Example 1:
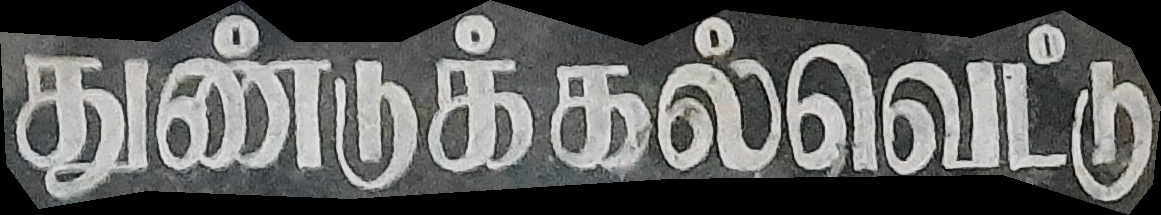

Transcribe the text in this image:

துண்டுக்கல்வெட்டு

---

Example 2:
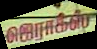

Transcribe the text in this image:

ஜெராகஸ்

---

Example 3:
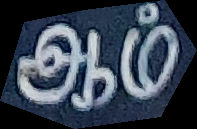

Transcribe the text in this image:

ஆம்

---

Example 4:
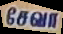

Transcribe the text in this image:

சேவா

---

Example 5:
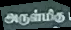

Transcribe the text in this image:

அருள்மிகு